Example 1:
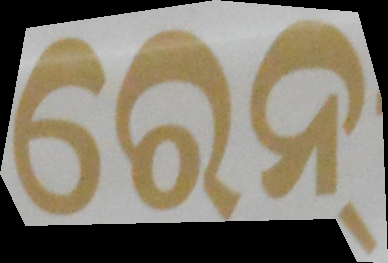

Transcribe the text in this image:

ରେନ୍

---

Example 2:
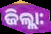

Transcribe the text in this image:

ଜିଲ୍ଲା:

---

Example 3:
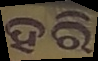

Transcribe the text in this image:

ହରି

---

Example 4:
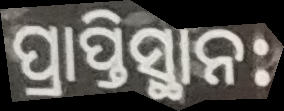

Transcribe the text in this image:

ପ୍ରାପ୍ତିସ୍ଥାନ:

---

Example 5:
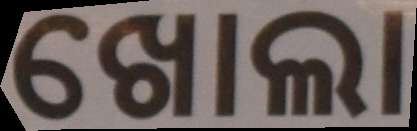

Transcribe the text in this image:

ଖୋଲା